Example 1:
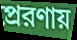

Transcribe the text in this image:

প্ররণায়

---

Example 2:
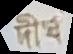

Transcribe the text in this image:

দীর্ঘ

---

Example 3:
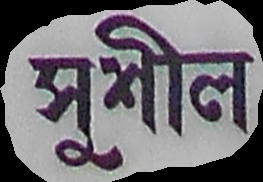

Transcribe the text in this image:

সুশীল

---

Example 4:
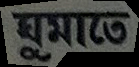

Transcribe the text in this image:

ঘুমাতে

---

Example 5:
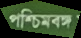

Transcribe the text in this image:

পশ্চিমবঙ্গ